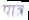
पात्र